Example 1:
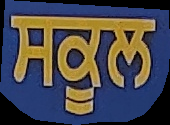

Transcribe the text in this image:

ਸਕੂਲ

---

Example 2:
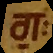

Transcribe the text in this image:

ਗੁ:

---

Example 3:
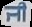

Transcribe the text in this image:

ਜੀ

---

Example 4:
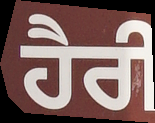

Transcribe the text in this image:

ਹੈਰੀ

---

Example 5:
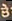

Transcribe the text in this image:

ਤੇ